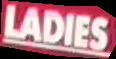
LADIES